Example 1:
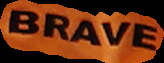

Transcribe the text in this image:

BRAVE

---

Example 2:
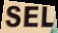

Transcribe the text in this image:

SEL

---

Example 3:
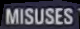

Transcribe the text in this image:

MISUSES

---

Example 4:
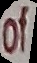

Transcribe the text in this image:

of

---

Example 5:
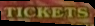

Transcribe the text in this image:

TICKETS